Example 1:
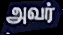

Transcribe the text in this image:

அவர்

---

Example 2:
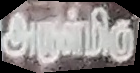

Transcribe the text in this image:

அருள்மிகு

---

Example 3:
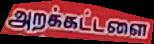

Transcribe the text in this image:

அறக்கட்டளை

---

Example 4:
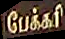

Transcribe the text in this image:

பேக்காி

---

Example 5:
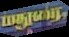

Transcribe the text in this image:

மதுரை